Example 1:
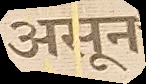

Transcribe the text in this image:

असून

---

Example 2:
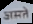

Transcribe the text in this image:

अमते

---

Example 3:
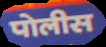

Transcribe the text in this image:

पोलीस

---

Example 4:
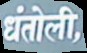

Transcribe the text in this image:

धंतोली,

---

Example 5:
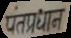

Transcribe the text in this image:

पंतप्रधान